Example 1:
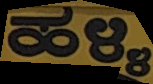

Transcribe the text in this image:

ಹಳ್ಳಿ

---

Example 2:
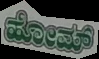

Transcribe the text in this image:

ಹೋಮ್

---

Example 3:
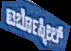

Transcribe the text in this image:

ಟರ್ಬೋಸ್ಟೀಲ್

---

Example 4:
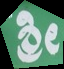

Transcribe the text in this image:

ಶ್ರೀ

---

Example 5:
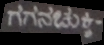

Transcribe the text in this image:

ಗಗನಚುಕ್ಕಿ